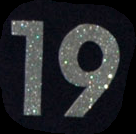
19